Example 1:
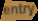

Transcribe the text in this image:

entry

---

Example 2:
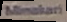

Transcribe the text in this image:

Mimakari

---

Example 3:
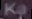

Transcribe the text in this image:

Ka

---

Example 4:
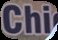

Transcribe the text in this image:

Chi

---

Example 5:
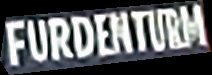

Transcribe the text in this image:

FURDENTURM